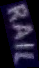
RAIL